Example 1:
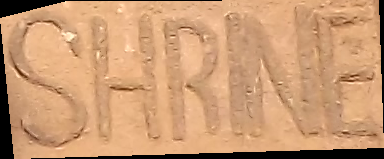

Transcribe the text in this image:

SHRINE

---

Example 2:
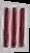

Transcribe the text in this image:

III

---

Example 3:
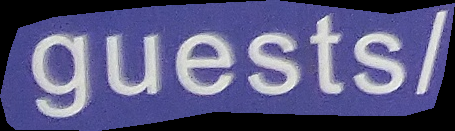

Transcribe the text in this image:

guests/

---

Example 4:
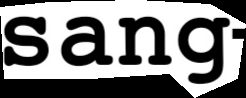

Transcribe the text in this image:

sang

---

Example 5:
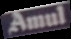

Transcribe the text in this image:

Amul